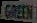
GREEN